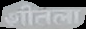
शीतला